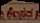
ಕೆಲಸದೆ